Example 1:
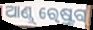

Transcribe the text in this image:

ଆଣ୍ଠୁ ରେଷର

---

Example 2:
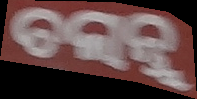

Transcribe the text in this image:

ଚଲକୁ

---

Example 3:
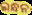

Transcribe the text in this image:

ଇନ୍ଧନ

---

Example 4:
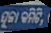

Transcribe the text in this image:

ପୂଜା କମିଟି,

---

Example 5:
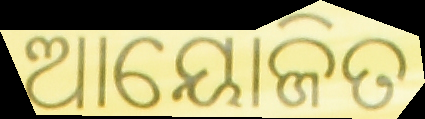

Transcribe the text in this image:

ଆୟୋଜିତ